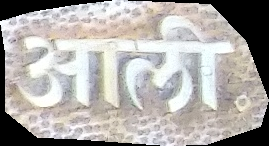
आली.